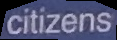
citizens